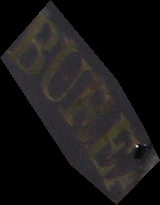
BUREA